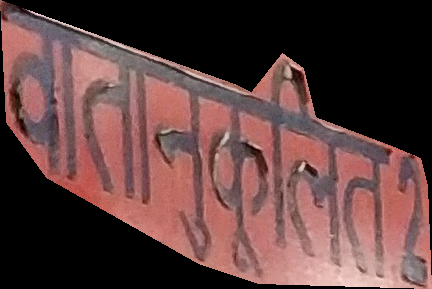
वातानुकूलित 2